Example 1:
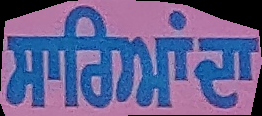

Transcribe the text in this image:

ਸਾਰਿਆਂਦ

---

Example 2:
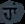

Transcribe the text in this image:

ਹਾਂ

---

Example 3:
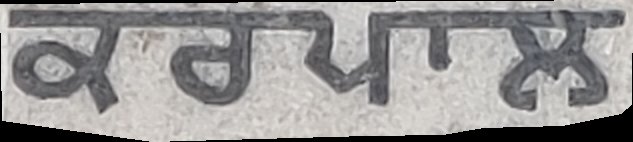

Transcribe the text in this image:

ਕਰਪਾਲ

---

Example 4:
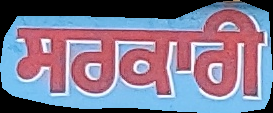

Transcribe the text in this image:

ਸਰਕਾਰੀ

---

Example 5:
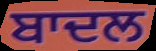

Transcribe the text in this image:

ਬਾਦਲ